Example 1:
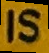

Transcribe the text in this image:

IS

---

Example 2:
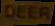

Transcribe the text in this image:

DEER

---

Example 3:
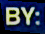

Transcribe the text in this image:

BY:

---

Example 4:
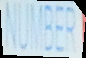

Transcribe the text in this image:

NUMBER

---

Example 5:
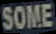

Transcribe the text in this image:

SOME